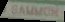
SAMMON